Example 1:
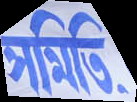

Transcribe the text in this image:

সমিতি.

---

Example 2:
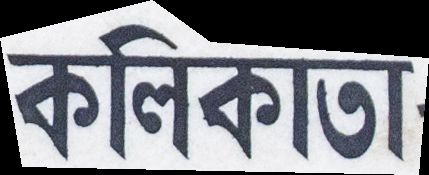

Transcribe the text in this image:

কলিকাতা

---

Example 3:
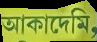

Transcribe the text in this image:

আকাদেমি,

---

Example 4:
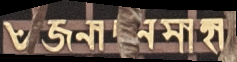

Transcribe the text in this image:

ভজনাইনসান্স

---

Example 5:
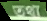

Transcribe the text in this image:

তথ্য